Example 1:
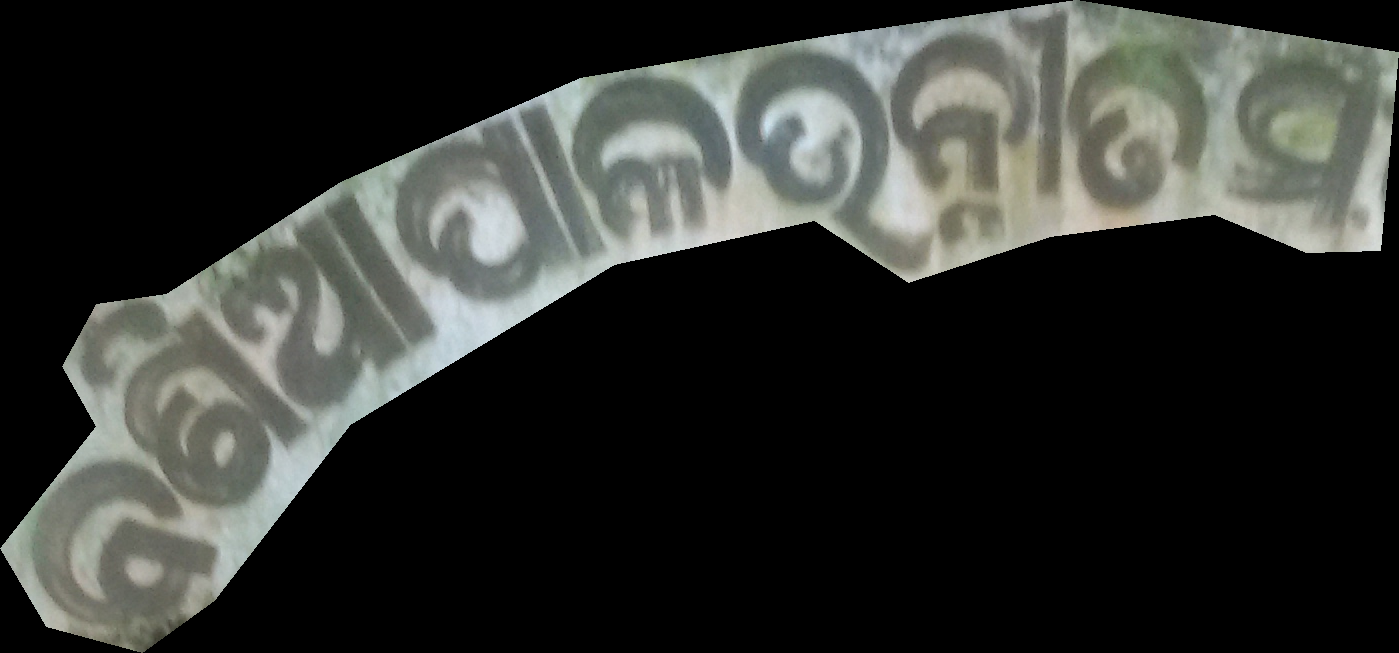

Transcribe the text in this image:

ବଣିଆ ପାଳଉନ୍ମାତମ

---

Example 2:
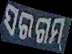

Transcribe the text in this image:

ସରଗମ୍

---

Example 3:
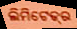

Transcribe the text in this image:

ଲିମିଟେକର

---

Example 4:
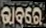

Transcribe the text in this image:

ଭାବରେ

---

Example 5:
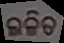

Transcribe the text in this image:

ଲଳିତ